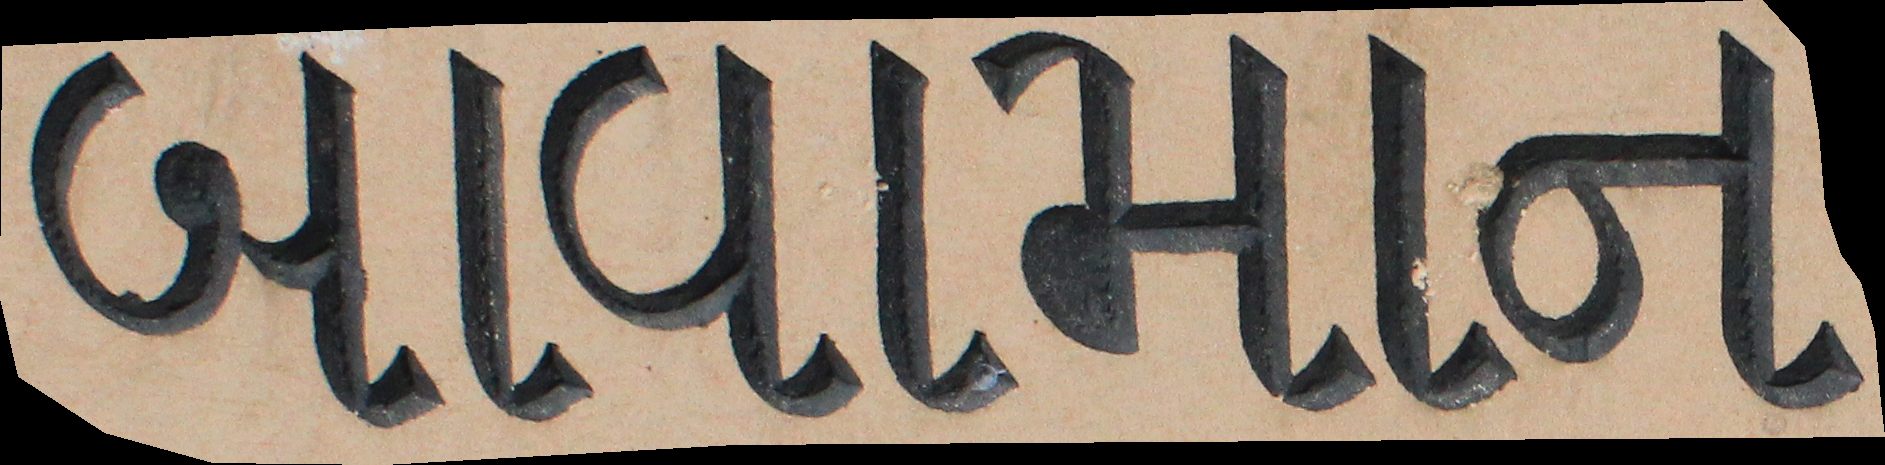
બાવામન